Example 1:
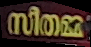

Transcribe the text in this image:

സീതമ്മ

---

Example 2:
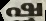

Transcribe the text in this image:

ഷ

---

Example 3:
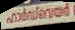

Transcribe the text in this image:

ഹാർഡ്‌വെയർ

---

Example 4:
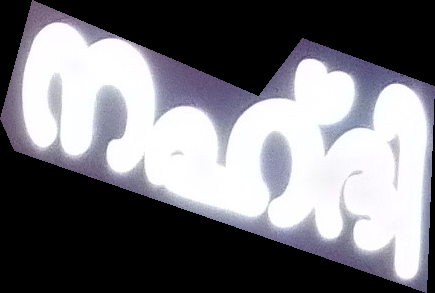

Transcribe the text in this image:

നഹ്ദി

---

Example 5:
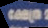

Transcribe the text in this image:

ക്ഷേത്ര